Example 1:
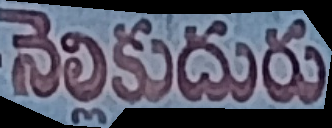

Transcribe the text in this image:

నెల్లికుదురు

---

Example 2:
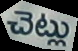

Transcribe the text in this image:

చెట్లు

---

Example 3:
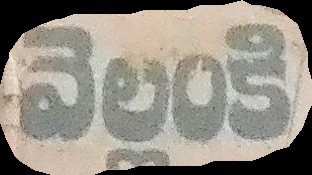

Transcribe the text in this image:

వెల్లంకి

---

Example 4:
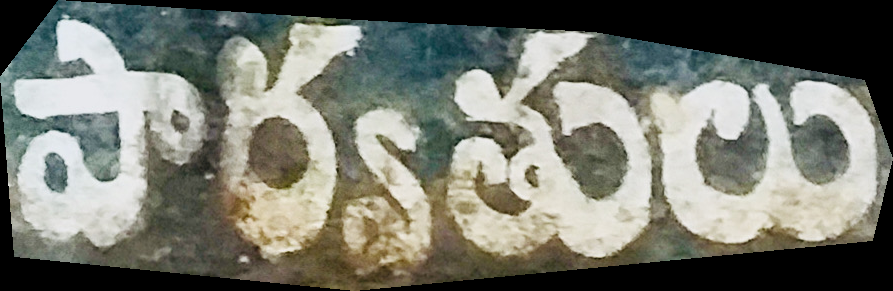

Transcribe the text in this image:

పార్వతులు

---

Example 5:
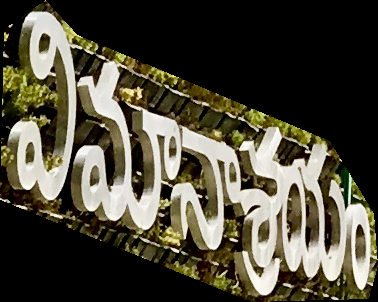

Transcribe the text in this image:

విమానాశ్రమం